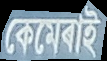
কেমেৰাই